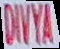
DIVYA